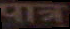
पात्र